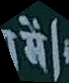
में